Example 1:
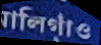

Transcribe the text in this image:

বালিগাঁও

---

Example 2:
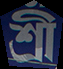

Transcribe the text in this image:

শ্রী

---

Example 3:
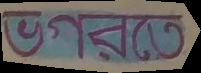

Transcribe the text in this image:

ভগৱতে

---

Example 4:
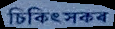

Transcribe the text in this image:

চিকিৎসকৰ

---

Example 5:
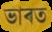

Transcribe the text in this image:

ভাৰত